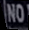
NO